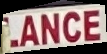
LANCE